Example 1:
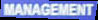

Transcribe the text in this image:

MANAGEMENT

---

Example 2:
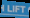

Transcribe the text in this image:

LIFT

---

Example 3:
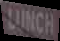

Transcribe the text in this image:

LUNCH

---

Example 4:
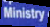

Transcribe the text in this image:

Ministry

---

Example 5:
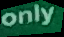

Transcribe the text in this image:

only